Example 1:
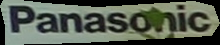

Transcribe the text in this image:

Panasonic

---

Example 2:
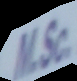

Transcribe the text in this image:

M.Sc.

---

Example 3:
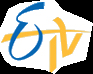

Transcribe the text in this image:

ETV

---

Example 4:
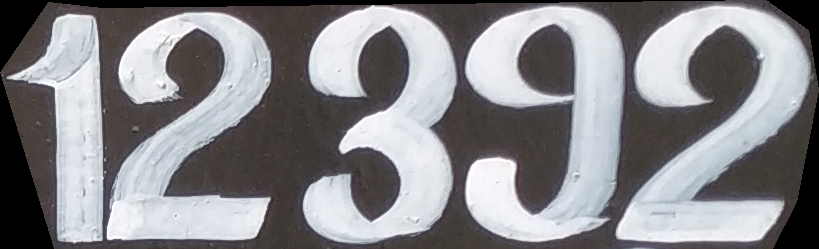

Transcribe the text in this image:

12392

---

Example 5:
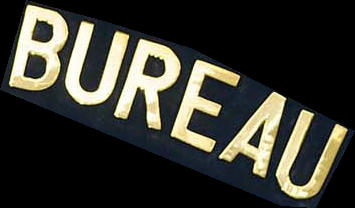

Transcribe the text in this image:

BUREAU